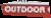
OUTDOOR